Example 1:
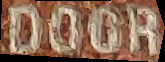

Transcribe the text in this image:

DOOR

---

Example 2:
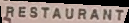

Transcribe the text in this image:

RESTAURANT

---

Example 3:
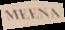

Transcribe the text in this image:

MEENA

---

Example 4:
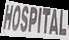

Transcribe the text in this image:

HOSPITAL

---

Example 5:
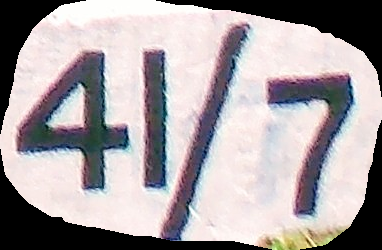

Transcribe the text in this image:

41/7